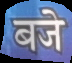
बजे